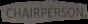
CHAIRPERSON.